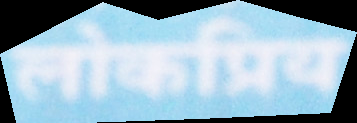
लोकप्रिय